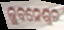
ଭୁବନେଶ୍ୱର